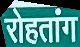
रोहतांग